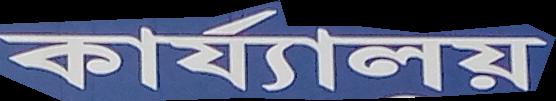
কাৰ্য্যালয়